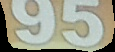
95